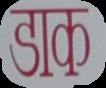
डाक